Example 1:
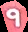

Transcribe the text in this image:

१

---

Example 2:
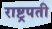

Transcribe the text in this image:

राष्ट्रपती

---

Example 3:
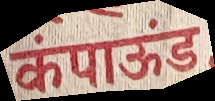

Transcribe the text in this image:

कंपाऊंड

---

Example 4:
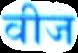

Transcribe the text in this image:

वीज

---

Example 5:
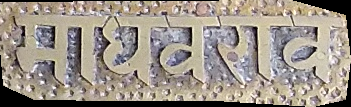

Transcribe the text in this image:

माधवराव